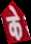
के॓